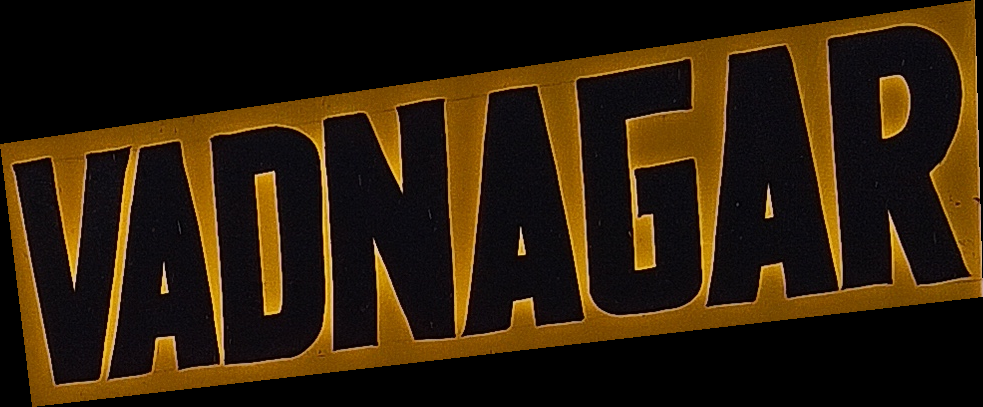
VADNAGAR